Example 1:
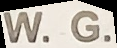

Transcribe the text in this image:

W.G.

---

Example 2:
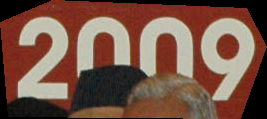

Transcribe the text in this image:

2009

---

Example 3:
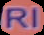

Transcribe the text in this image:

RI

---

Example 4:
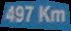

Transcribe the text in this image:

497Km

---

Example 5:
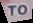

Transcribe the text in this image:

TO